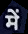
में